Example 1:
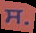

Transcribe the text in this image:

म॰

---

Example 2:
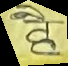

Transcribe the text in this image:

है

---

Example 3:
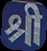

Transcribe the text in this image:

श्री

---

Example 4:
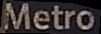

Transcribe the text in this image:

जिल्४०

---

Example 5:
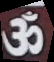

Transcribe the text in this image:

ॐ